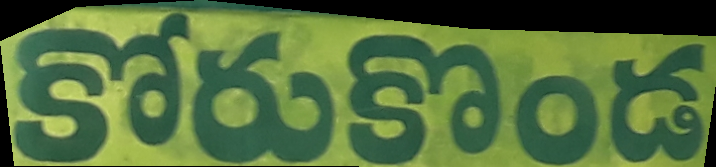
కోరుకొండ